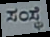
ಸಂಸ್ಥೆ